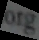
org